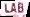
LAB